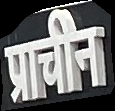
प्राचीन